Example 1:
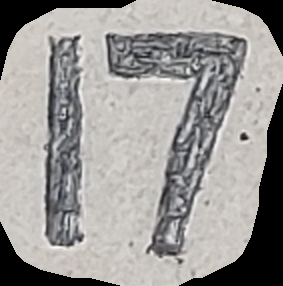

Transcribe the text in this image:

17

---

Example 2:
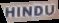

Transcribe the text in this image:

HINDU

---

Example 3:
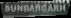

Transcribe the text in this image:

SUNDARGARH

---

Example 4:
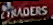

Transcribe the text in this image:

TRADERS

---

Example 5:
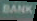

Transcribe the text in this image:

BANK